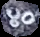
४०